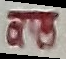
ਕਾਲ